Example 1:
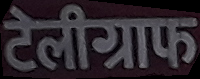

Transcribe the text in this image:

टेलीग्राफ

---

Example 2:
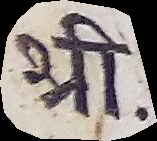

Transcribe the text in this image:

श्री.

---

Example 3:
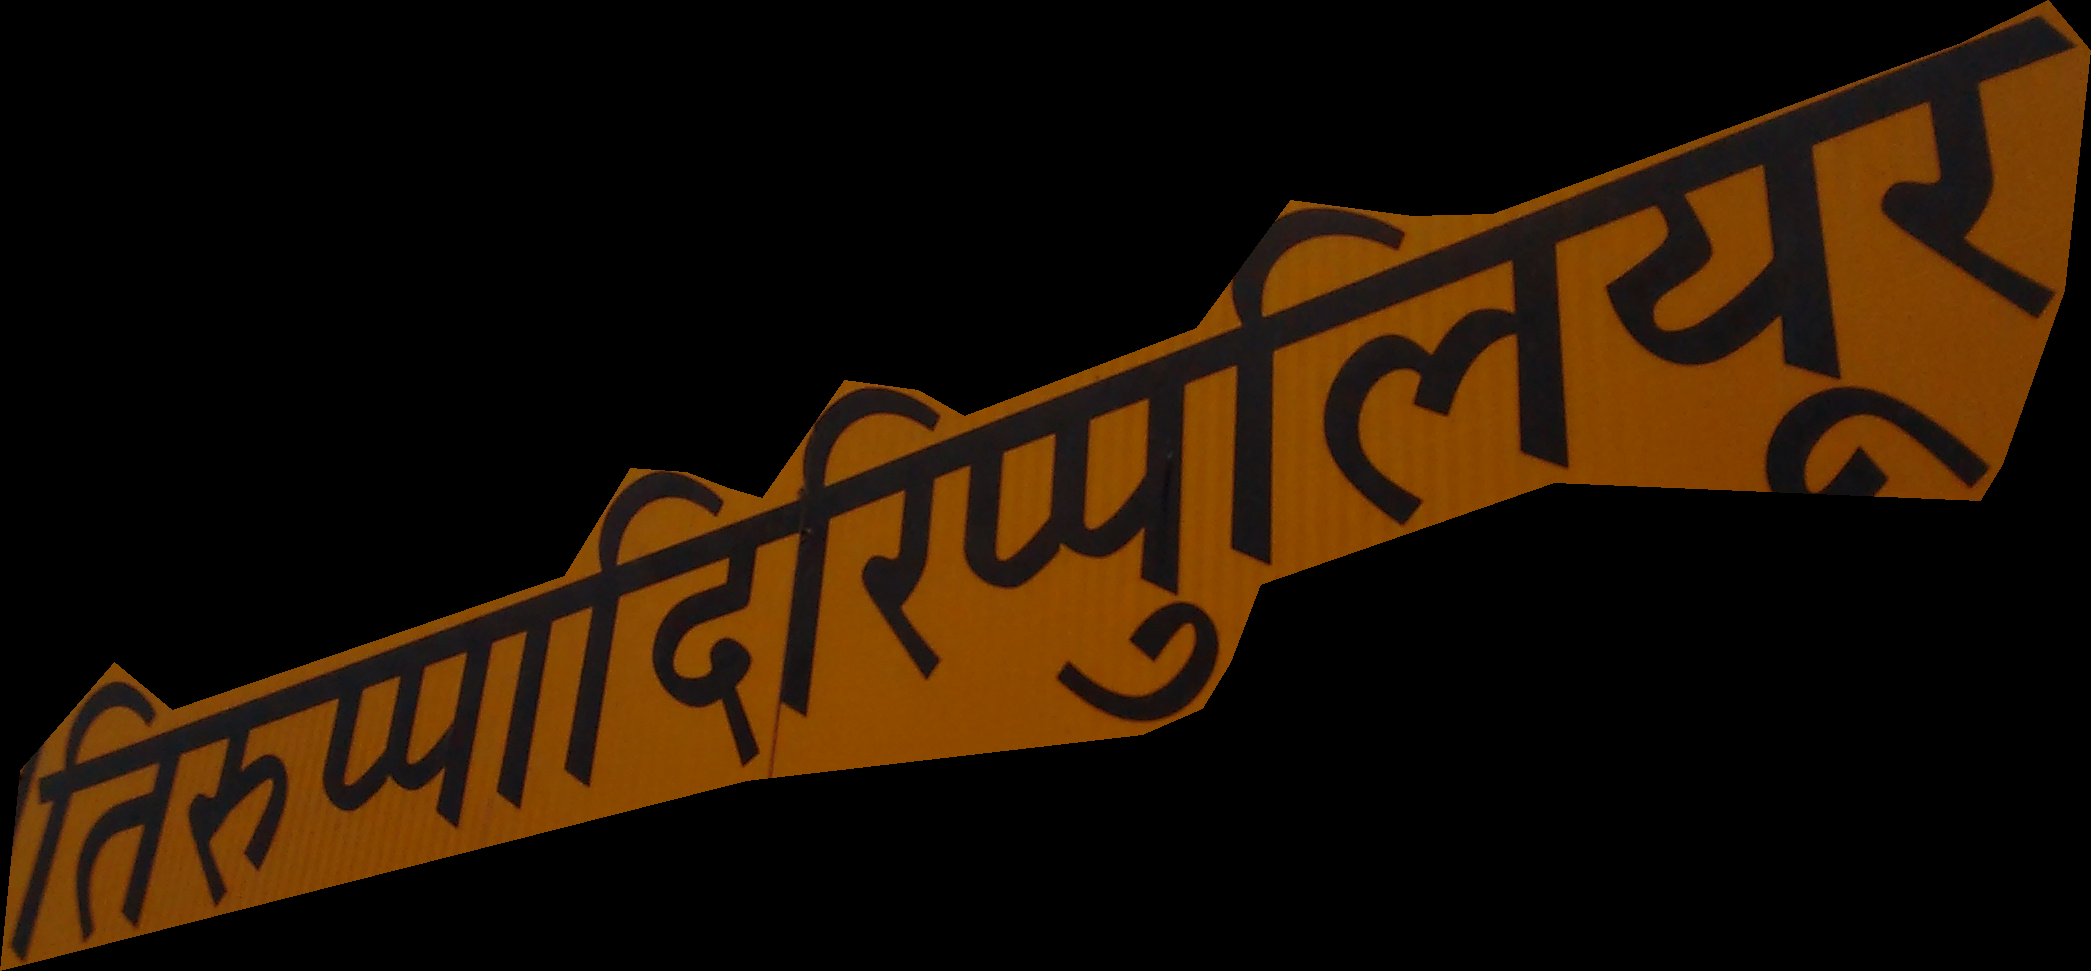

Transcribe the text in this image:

तिरुप्पादिरिप्पुलियूर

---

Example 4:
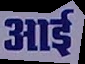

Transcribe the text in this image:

आई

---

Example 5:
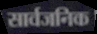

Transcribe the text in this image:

सार्वजनिक